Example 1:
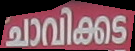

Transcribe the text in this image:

ചാവിക്കട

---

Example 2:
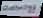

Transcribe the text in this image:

കേരള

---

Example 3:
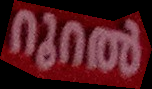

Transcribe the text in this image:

റൂറൽ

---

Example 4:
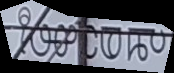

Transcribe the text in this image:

ഷമാക്കൂ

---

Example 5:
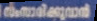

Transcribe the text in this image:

സംസാരിക്കുവാൻ